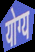
योग्य